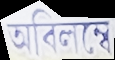
অবিলম্বে